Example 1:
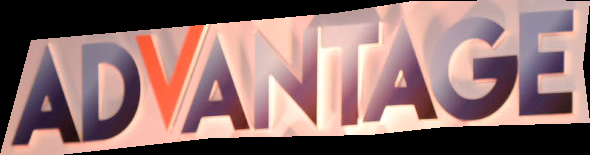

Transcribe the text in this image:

ADVANTAGE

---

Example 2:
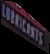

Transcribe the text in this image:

LUBRICANTS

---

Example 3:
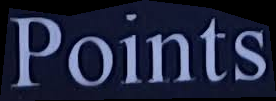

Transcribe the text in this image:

Points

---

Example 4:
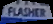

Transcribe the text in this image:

FLASHER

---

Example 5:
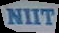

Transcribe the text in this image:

NIIT